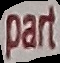
part